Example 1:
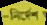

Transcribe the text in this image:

-নির্দেশ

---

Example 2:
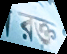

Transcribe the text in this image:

রক্ত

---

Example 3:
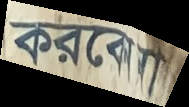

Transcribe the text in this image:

করকো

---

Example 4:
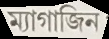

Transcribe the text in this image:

ম্যাগাজিন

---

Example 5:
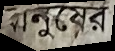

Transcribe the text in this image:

গনুষের